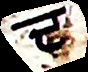
ਦ